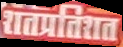
शतप्रतिशत